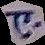
ए.